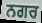
ਨਗਰ